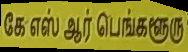
கே எஸ் ஆர் பெங்களூரு